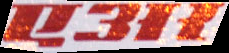
एअर